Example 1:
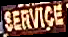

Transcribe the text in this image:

SERVICE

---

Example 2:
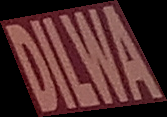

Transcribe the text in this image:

DILWA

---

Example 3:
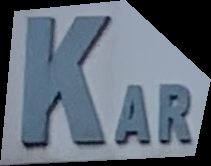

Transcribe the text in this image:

KAR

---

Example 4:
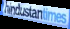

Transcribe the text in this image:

hindustantimes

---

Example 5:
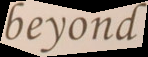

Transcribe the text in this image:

beyond